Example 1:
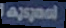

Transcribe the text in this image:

കൂടുതൽ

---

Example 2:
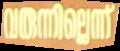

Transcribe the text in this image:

വരുന്നില്ലെന്ന്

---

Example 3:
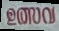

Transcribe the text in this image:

ഉത്സവ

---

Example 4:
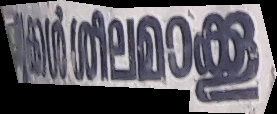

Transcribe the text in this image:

നൾശീലമാക്കൂ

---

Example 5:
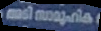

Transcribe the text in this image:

അടി സാമൂഹിക